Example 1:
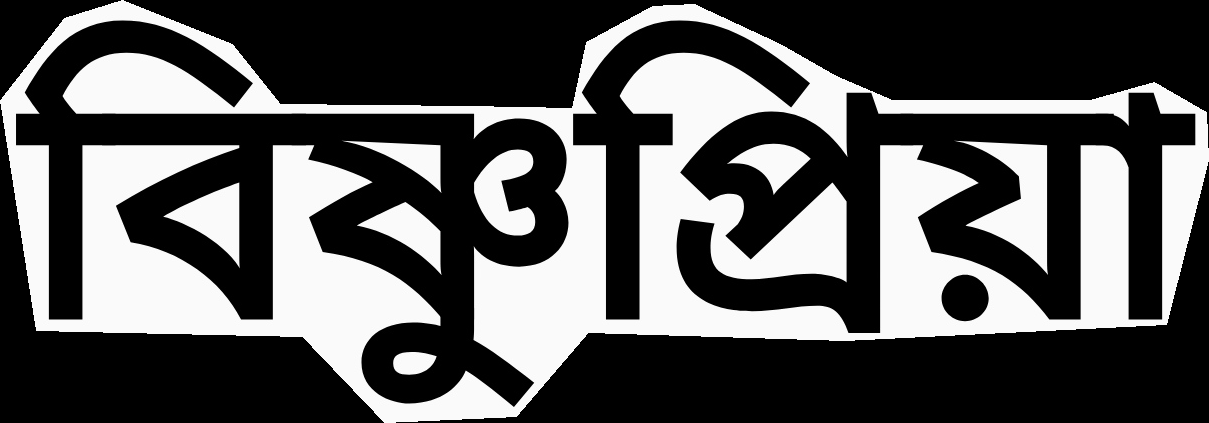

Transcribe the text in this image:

বিষ্ণুপ্রিয়া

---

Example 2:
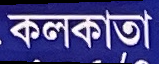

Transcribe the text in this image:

কলকাতা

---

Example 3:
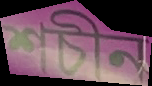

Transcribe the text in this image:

শচীন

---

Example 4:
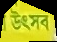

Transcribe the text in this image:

উৎসব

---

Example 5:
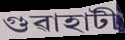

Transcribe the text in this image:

গুৱাহাটী